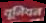
यूनियन